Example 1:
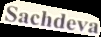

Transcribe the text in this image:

Sachdeva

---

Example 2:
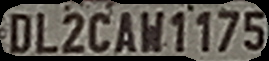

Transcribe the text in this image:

DL2CAW1175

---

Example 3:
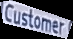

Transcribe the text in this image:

Customer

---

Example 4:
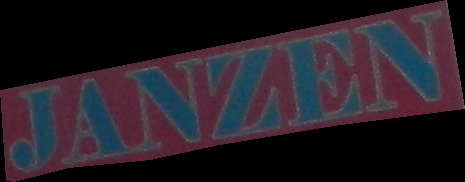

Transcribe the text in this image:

JANZEN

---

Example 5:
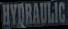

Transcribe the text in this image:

HYDRAULIC